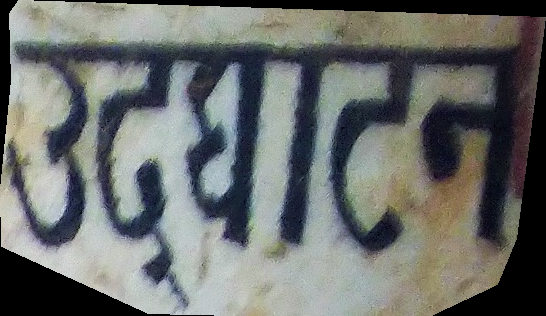
उद्घाटन